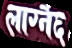
लारनेंद